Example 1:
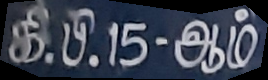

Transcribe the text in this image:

கி.பி.15-ஆம்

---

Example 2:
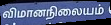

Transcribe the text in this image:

விமானநிலையம்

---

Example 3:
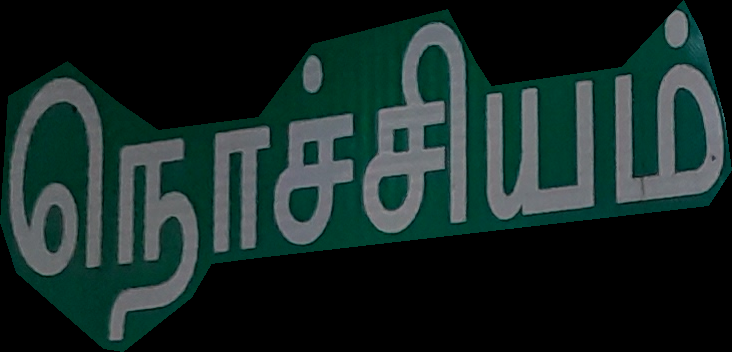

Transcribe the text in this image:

நொச்சியம்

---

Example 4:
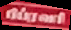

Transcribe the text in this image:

பிப்ரவாி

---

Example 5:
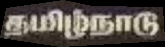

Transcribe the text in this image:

தமிழ்நாடு